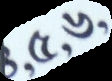
৪,৫,৬,